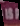
IS